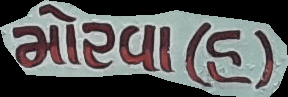
મોરવા (હ)